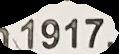
1917